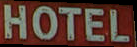
HOTEL